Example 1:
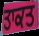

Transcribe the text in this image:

ਤਾਕਤ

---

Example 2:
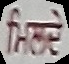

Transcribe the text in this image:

ਮਿਲਦੇ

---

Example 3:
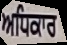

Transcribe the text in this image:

ਅਧਿਕਾਰ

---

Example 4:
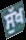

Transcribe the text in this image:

ਸੁੱਖ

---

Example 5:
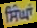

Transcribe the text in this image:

ਸਿੰਘ